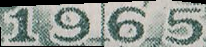
1965